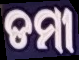
ଚମୀ